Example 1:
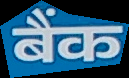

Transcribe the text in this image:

बैंक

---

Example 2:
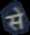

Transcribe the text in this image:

से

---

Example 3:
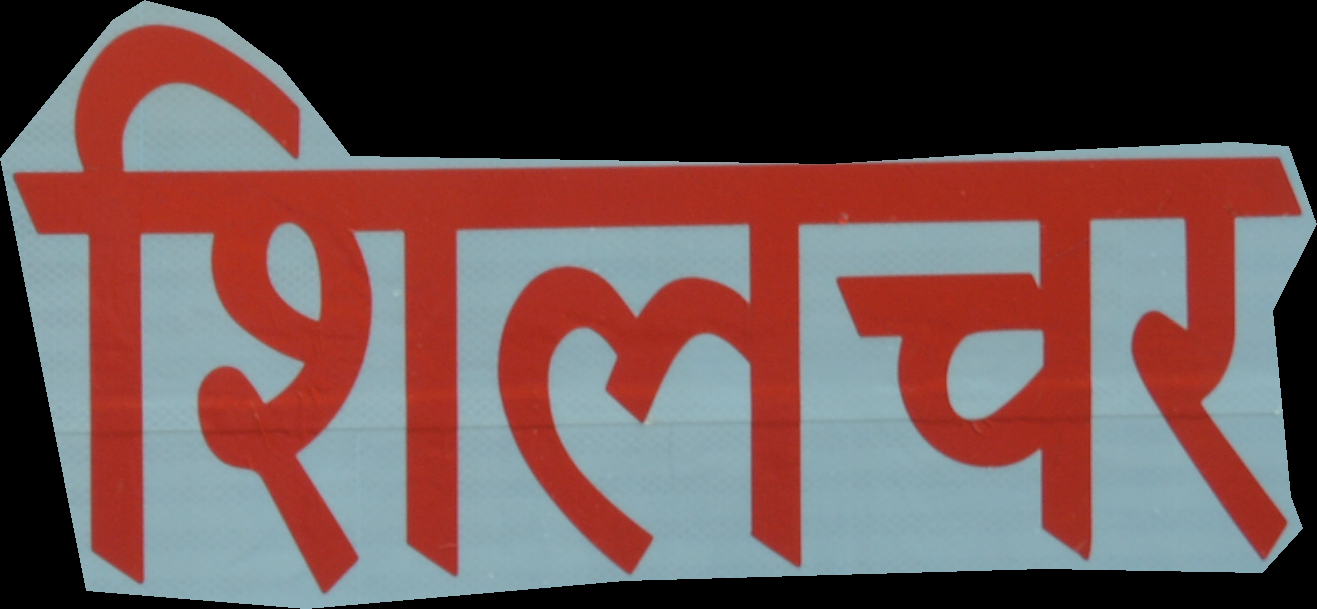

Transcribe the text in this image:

शिलचर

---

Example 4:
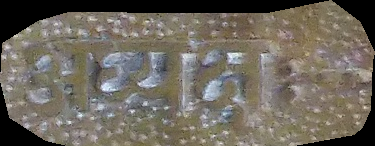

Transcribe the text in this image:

अध्यक्ष:-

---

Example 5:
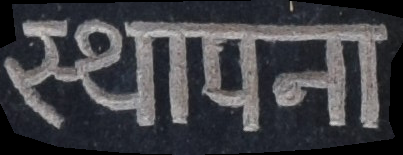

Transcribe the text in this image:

स्थापना